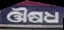
ଔଷଧ